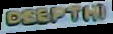
DEEPTHI